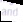
and